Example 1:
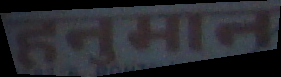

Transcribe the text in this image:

हनुमान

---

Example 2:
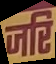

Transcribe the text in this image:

जरि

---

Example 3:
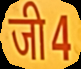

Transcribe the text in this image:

जी 4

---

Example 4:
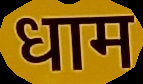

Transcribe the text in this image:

धाम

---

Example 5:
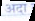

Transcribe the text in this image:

अदा